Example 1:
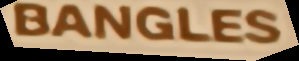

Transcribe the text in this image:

BANGLES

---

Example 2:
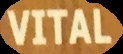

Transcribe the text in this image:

VITAL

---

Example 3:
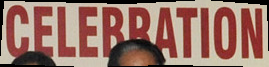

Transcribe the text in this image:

CELEBRATION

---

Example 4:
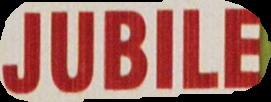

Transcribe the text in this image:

JUBILE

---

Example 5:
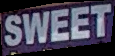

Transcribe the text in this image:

SWEET